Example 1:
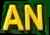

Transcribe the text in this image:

AN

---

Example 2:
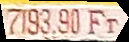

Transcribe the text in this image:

7193.90FT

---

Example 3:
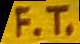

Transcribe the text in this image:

F.T.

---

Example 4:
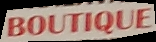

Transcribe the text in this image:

BOUTIQUE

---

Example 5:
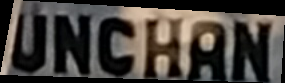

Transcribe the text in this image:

UNCHAN